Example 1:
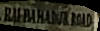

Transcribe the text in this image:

RAI BAHADUR ROAD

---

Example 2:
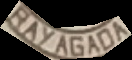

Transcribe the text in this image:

RAYAGADA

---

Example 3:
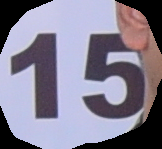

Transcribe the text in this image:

15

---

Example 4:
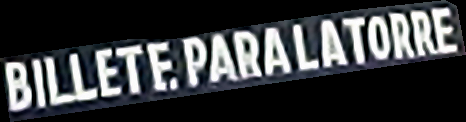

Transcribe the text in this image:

BILLETE.PARALATORRE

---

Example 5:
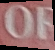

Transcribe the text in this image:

OF